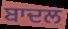
ਬਾਦਲ